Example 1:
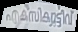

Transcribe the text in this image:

എക്‌സിക്യാട്ടീവ്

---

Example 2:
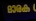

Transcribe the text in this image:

മാരക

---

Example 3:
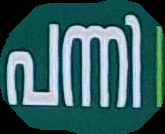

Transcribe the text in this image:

പന്നി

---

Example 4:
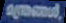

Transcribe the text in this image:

മന്ത്രങ്ങൾ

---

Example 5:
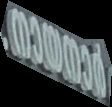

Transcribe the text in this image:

നായനാർ